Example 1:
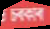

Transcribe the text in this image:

চৰকাৰ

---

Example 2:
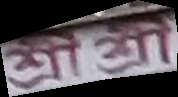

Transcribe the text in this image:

শ্রী শ্রী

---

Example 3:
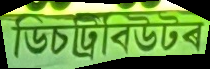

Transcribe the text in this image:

ডিচট্ৰিবিউটৰ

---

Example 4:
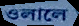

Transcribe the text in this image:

ওলালে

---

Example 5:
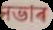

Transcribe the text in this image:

সভাব